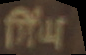
ਇੰਘ